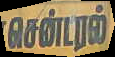
சென்டரல்